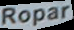
Ropar